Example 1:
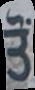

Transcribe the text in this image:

ਤੋਂ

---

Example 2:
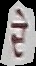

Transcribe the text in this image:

ਦੇ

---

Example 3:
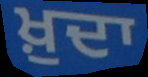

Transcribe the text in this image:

ਖ਼ੁਦਾ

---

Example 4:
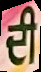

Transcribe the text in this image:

ਦੀ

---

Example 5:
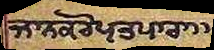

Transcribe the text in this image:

ਜਾਨਕਰੋਪਤਪਾਰਾ॥